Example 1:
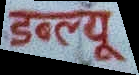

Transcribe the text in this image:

डब्ल्यू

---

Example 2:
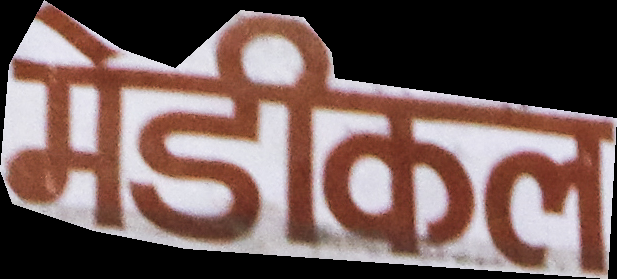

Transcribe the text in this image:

मेडीकल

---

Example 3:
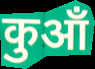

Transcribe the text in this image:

कुआँ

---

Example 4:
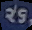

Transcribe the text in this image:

२ऽ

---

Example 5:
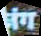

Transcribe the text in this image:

संग